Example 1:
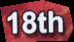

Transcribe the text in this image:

18th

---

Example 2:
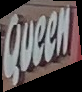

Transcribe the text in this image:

Queen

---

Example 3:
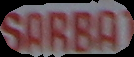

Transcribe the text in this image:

SARBA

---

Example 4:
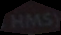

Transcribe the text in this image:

HMS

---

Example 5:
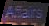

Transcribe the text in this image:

Affairs